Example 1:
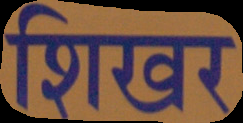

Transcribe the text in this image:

शिखर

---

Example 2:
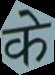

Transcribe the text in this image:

के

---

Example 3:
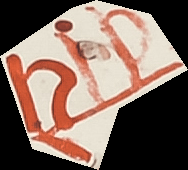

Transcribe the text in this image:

गये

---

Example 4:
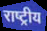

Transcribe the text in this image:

राष्ट्रीय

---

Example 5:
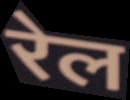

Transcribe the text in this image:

रेल